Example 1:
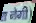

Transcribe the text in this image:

नेगी)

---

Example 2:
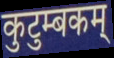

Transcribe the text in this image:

कुटुम्बकम्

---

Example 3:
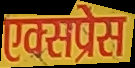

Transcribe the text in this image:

एक्सप्रेस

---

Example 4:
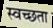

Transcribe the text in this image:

स्वच्छता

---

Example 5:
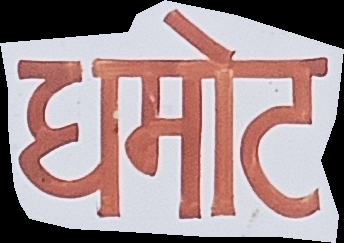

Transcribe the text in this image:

द्यमॊट